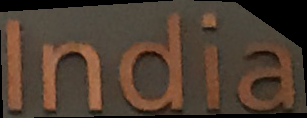
India